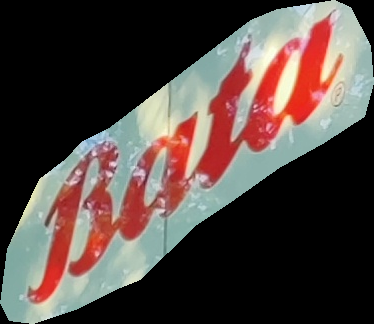
Bata